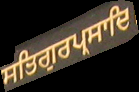
ਸਤਿਗੁਰਪ੍ਰਸਾਦਿ